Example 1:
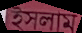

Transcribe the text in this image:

ইসলাম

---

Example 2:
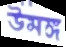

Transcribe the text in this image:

উমঙ্গ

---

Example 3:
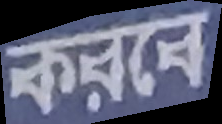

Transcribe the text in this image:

করবে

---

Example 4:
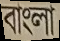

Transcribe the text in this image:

বাংলা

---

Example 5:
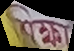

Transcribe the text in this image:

শিক্ষা